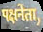
पक्षनेता,